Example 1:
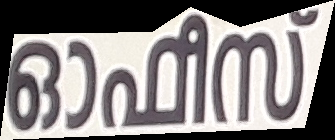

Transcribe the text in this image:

ഓഫീസ്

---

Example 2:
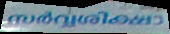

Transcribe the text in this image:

സർവ്വശിക്ഷാ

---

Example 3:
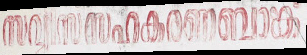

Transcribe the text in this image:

സമ്യാസസഹകരണബാക്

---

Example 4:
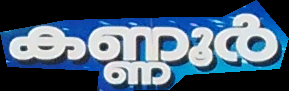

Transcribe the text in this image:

കണ്ണൂർ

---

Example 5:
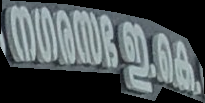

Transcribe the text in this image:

നഗരസഭഇ.കെ.